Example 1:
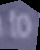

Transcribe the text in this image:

to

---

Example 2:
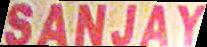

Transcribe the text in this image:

SANJAY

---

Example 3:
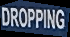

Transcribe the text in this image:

DROPPING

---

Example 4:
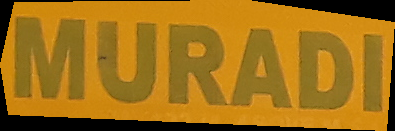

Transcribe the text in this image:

MURADI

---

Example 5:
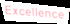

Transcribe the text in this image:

Excellence|